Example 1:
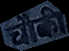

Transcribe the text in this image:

चौकी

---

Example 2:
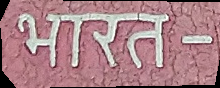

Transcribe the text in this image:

भारत-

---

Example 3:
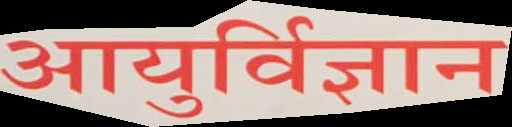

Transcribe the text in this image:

आयुर्विज्ञान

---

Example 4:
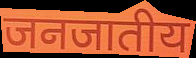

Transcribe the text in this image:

जनजातीय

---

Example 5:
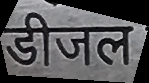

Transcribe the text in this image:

डीजल